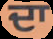
ਦਾ